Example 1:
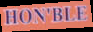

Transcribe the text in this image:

HON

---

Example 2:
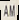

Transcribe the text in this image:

AM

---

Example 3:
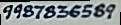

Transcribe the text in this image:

9987836589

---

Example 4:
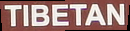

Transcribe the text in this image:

TIBETAN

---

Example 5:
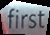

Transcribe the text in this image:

first